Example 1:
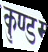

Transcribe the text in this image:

कुण्ड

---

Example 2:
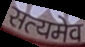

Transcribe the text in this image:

सत्यमेव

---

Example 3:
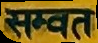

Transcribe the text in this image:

सम्वत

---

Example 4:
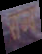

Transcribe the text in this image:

सञ्य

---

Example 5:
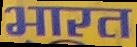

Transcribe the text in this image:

भारत